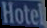
Hotel